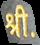
श्री.